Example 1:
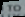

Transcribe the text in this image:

TO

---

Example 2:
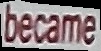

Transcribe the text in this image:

became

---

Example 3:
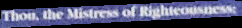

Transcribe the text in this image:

Thou, the Mistress of Righteousness;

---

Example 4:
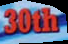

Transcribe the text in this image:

30th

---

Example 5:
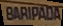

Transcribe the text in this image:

BARIPADA